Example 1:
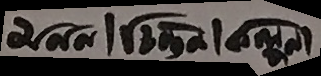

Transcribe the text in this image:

মনন।চিন্তন।কল্পনা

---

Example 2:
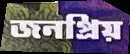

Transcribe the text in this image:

জনপ্রিয়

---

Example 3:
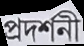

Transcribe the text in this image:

প্রদর্শনী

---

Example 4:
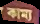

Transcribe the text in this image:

কাম্য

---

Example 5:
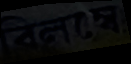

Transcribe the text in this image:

বিলম্বে